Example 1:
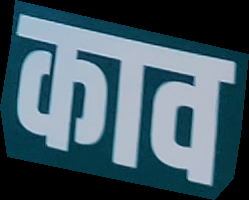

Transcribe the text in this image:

काव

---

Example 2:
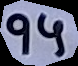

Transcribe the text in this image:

१५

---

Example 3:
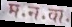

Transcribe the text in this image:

म.न.वा.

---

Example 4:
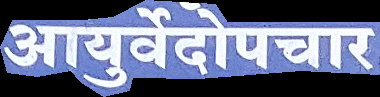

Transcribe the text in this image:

आयुर्वेदोपचर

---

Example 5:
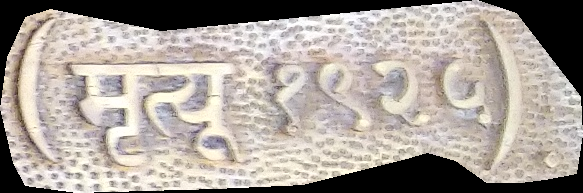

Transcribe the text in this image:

(मृत्यू १९२५).